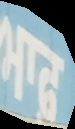
ਆਫ਼